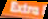
Extra